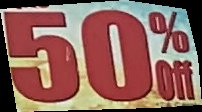
50% Off